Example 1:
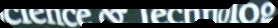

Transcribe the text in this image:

Science & Technology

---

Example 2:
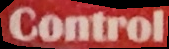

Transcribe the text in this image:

Control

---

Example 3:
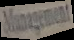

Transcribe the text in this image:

Management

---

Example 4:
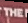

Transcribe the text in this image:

THE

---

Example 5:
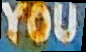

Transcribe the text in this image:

YOU